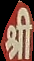
श्री